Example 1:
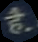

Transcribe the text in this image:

है.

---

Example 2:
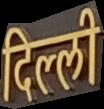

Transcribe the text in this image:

दिल्‍ली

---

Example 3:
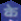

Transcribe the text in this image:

के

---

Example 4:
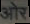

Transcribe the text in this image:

ओर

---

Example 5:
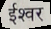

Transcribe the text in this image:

ईश्वर